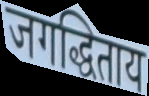
जगद्धिताय